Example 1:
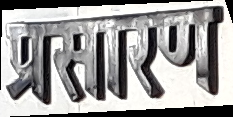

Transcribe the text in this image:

प्रसारण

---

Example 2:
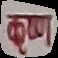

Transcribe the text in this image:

कृष्ण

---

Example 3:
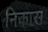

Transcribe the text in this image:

निकास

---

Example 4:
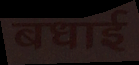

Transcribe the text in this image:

बधाई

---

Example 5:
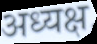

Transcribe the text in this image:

अध्यक्ष